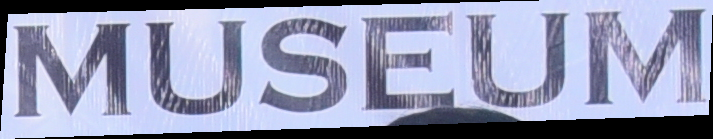
MUSEUM